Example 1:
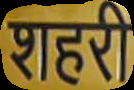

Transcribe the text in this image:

शहरी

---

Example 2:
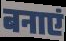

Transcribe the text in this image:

बनाएं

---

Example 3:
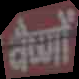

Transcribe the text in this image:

वैष्णों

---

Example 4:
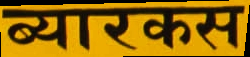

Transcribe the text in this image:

ब्यारकस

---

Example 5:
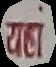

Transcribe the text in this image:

यहां